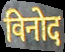
विनोद